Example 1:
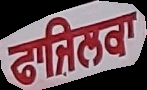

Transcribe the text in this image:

ਫਾਜ਼ਿਲਕਾ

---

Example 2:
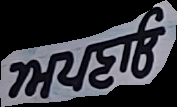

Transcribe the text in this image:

ਅਪਣਾਓ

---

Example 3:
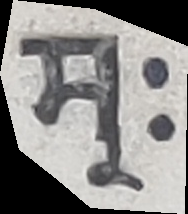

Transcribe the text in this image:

ਸ੍ਰ:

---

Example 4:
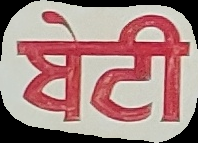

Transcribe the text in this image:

ਬੇਟੀ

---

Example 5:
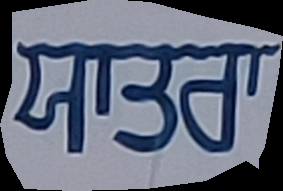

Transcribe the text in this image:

ਯਾਤਰਾ